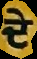
ਦੇ